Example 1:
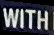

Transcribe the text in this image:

WITH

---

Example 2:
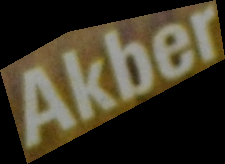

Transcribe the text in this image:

Akber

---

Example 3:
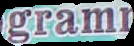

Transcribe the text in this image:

gram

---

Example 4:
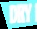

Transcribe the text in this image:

DRY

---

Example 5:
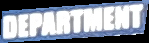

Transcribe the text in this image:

DEPARTMENT